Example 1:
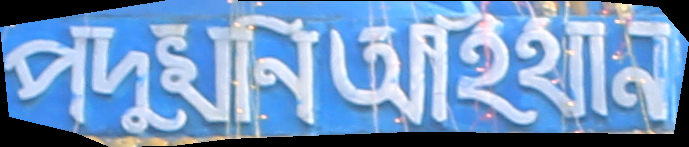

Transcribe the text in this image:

পদুখান আইয়ান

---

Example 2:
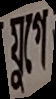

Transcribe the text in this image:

যুগে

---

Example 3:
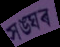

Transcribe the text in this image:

সঙঘৰ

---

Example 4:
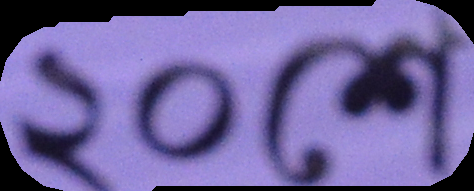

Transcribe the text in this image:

২০শে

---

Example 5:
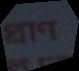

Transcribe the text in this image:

প্রাণ